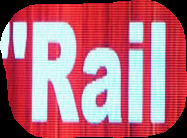
"Rail